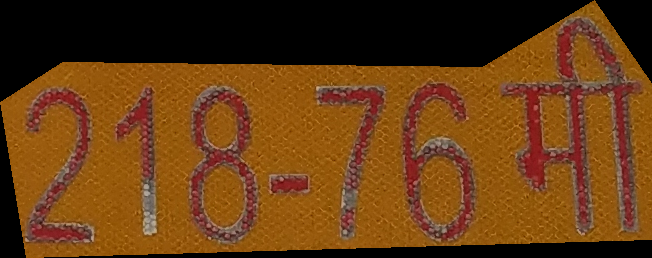
218-76 मी